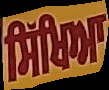
ਸਿੱਖਿਆ